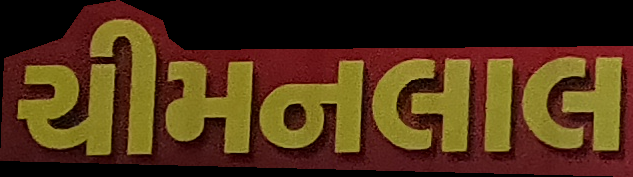
ચીમનલાલ